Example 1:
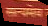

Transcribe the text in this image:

सत्यमेव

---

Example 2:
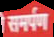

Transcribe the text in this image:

समर्पण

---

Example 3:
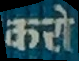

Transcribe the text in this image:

करो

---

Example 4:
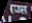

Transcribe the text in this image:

हाउस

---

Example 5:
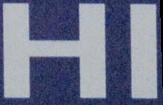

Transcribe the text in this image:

द्थानासाठीचा